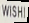
WISHI